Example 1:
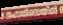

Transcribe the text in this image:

ഹോൾസെയിൽ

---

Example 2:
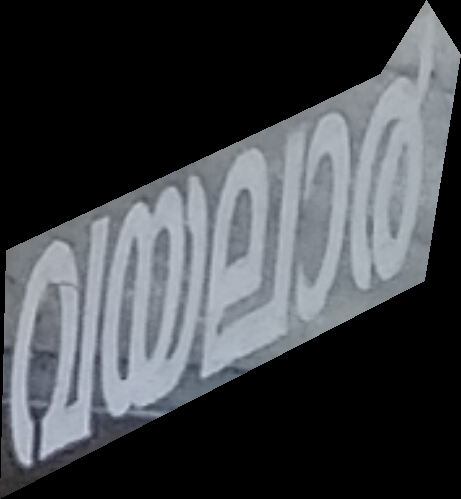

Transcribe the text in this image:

വയലാർ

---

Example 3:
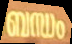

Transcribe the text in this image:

ബന്ധം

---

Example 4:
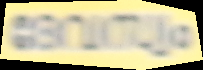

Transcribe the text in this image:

ദേവസ്വം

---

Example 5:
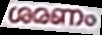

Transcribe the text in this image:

ശരണം